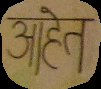
आहेत